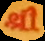
श्री